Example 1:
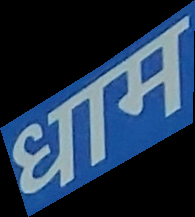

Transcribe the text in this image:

धाम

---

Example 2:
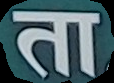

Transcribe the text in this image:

ता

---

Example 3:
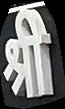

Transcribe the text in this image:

श्री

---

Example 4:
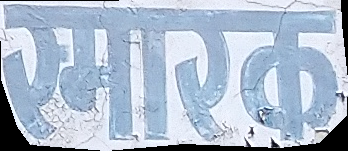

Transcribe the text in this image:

स्मारक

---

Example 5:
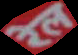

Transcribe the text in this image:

रेल